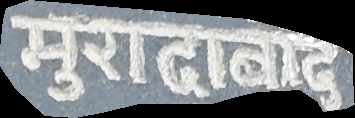
मुरादाबाद